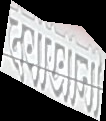
दवाखाना